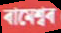
ৰামেশ্বৰ